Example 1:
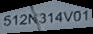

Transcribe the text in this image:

512N314V01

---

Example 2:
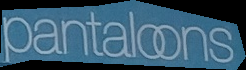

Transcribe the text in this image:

pantaloons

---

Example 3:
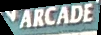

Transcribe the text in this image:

ARCADE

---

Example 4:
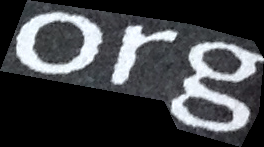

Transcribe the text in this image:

org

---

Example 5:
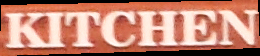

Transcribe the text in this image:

KITCHEN